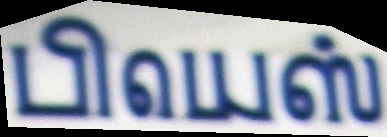
பிவபஸ்